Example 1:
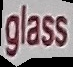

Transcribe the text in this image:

glass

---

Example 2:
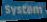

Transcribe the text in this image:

System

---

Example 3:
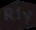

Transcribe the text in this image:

Rly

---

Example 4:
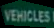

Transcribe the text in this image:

VEHICLES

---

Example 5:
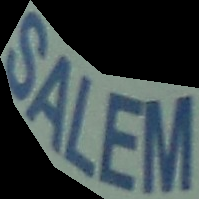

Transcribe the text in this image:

SALEM